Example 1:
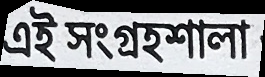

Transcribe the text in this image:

এইসংগ্রহশালা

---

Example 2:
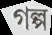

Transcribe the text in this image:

গল্প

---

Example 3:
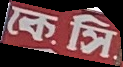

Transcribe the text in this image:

কে. সি.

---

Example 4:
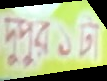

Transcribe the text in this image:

দুপুর ১ টা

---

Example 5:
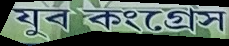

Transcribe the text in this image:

যুব কংগ্রেস